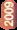
2009